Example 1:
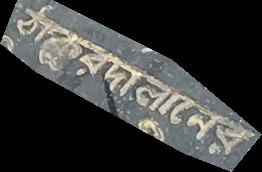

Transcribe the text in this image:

ঠাকুরদানানের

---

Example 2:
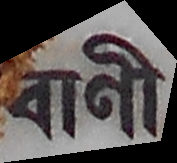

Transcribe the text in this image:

বাণী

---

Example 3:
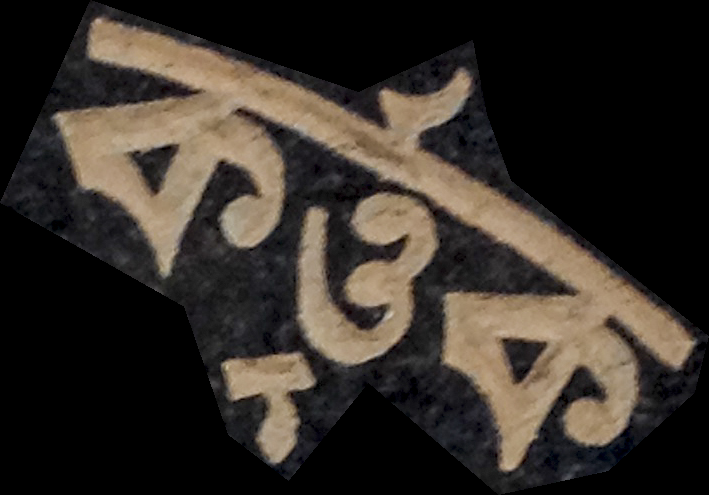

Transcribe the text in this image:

কর্ত্বক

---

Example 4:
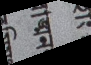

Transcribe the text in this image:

হাং হ বাত্মনশ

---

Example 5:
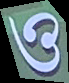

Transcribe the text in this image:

ও